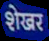
शेखर